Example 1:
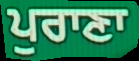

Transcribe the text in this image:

ਪੁਰਾਣਾ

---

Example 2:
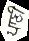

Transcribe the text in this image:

ਪਾਣੀ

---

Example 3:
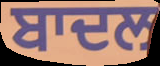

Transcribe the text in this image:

ਬਾਦਲ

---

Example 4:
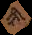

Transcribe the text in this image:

ਜੀ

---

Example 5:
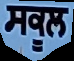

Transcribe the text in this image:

ਸਕੂਲ